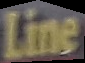
Line